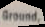
Ground,